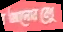
আলোর বেবু